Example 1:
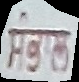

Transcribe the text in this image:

ਸੰਭਾਲ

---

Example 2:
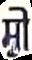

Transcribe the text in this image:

ਸ੍ਰੀ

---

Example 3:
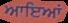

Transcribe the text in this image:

ਆਇਆਂ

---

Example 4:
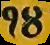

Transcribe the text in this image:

੧੪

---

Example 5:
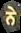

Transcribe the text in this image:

ਨੇ